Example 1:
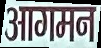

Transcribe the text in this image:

आगमन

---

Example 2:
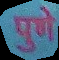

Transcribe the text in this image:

पुणे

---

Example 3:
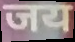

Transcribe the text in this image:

जय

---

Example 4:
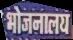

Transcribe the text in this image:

भोजनालय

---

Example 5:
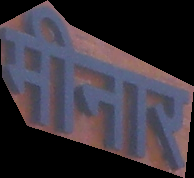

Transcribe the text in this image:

मीनार